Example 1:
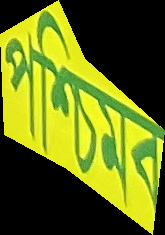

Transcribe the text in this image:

পশ্চিমব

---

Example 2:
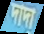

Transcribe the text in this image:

দাদা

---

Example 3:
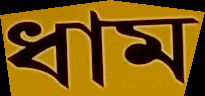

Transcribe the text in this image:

ধাম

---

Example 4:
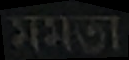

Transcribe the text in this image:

মমতা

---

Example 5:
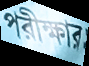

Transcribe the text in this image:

পরীক্ষার